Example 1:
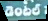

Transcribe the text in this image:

డెంటల్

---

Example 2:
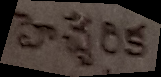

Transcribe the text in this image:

హెచ్చరిక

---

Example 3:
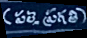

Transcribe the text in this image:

(పత్తి ప్రగతి)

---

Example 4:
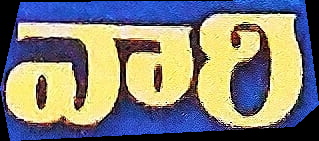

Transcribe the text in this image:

వారి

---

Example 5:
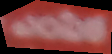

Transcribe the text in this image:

ఎంపిక